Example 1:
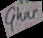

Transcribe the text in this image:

Ghar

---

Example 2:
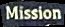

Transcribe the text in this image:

Mission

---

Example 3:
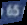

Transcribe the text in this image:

65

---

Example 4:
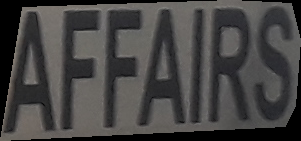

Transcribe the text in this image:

AFFAIRS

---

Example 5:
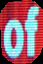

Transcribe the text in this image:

of